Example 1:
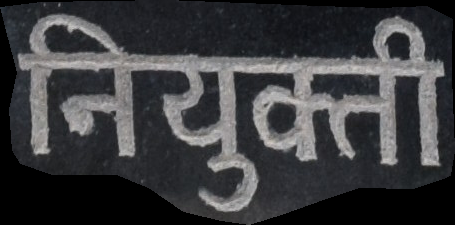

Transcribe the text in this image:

नियुक्ती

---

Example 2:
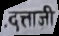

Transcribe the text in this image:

दत्ताजी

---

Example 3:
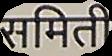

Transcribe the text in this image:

समिती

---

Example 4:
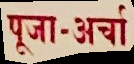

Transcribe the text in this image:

पूजा-अर्चा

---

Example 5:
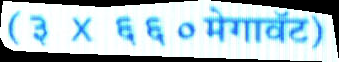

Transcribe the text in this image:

(३ × ६६० मेगावॅट)